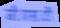
जे.एस.डे.